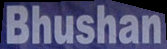
Bhushan